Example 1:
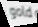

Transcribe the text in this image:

gold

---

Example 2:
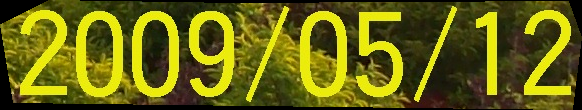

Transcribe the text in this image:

2009/05/12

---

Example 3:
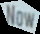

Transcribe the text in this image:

Now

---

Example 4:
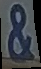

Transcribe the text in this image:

&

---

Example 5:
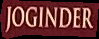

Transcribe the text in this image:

JOGINDER